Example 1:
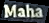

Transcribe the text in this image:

Maha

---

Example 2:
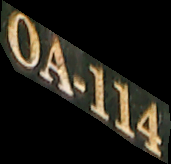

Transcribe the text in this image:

OA-114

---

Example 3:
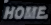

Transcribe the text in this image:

HOME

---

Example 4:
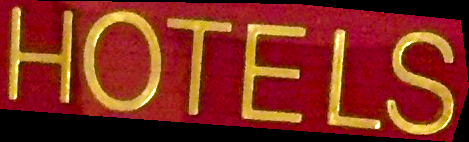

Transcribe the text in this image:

HOTELS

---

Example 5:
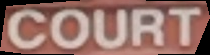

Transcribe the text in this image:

COURT